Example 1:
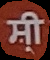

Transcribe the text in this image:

ਸ਼ੀू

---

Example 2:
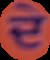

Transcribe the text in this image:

ਦੇ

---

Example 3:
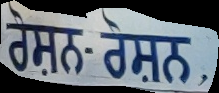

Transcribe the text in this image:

ਰੇਸ਼ਨ-ਰੋਸ਼ਨ,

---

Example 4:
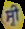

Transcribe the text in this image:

ਸ੍ਰੀ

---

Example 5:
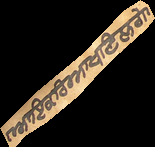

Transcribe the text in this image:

ਆਇਕਰਿਆਖਣਿਲਗੇਾ